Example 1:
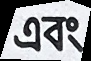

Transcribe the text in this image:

এবং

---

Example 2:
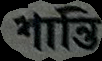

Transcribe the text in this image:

শান্তি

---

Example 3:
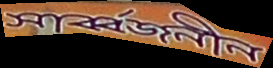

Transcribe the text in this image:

সার্ব্বজনীন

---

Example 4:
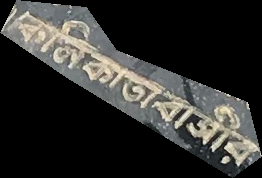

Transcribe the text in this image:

কলিকাতাবাসীর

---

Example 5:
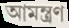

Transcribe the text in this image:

আমন্ত্রণ